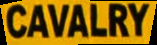
CAVALRY